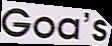
Goa